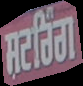
ਸ਼ਟਰਿੰਗ